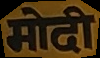
मोदी